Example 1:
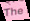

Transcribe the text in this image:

The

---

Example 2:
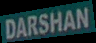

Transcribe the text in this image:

DARSHAN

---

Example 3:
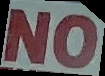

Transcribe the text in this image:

NO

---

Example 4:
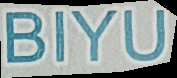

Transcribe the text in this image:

BIYU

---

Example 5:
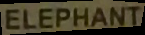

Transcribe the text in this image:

ELEPHANT